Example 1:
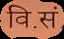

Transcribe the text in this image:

वि.सं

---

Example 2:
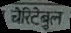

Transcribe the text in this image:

चेरिटेबुल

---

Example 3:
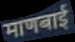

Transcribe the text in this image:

माणबाई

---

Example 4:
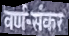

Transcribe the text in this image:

वर्ण-संकर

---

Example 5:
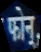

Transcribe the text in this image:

फोन,